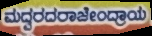
ಮದ್ವರದರಾಜೀಂದ್ರಾಯ